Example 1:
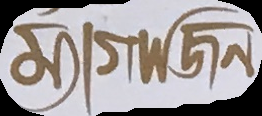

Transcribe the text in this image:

ম্যাগাজিন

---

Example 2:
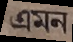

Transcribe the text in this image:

এমন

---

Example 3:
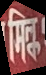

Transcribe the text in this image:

মিল্ক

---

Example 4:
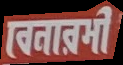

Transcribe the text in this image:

বনারসী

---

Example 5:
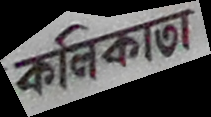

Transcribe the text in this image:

কলিকাতা